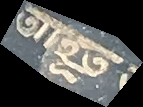
আহূত